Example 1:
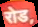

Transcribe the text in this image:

रोड,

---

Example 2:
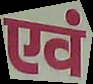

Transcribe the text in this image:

एवं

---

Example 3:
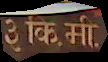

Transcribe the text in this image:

३ कि. मी.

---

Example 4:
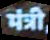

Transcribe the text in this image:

मंत्री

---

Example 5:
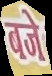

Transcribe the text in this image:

बजे